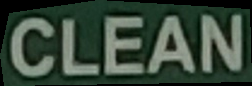
CLEAN